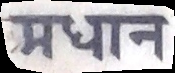
मधान